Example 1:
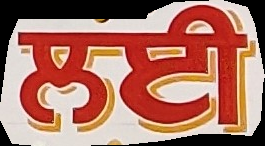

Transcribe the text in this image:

ਲਈ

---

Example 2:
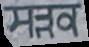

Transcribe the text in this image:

ਸੜਕ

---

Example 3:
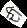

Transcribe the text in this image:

ਦੀ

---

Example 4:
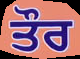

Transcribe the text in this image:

ਤੌਰ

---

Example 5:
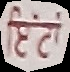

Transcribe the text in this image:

ਇੱਟਾੇ